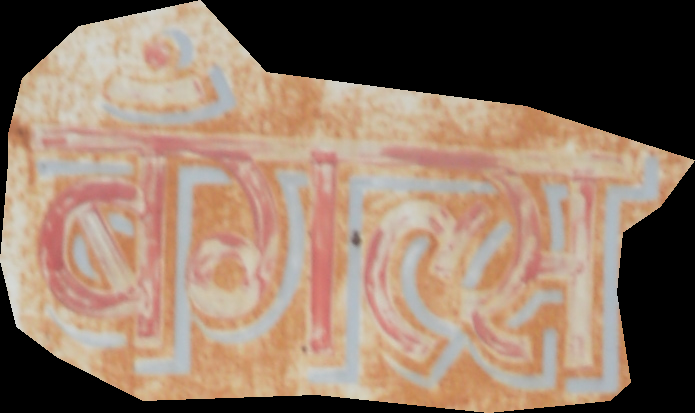
बँगल्स